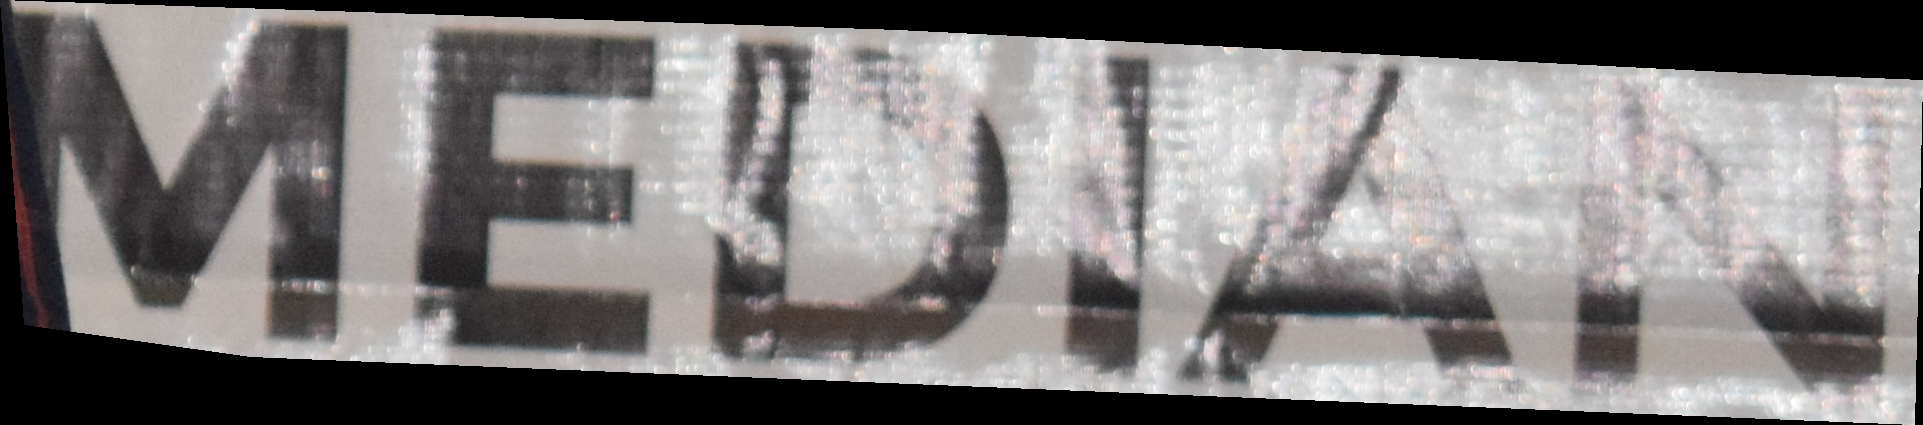
MEDIAN